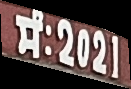
ਸੰ:2021